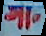
मा.